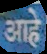
आहे